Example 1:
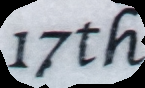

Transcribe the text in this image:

17th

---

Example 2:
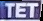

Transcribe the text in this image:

TET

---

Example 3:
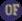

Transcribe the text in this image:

OF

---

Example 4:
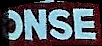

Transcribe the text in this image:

ONSE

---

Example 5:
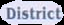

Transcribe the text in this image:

District